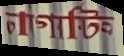
নাগরিক